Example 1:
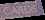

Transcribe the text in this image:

CARDS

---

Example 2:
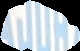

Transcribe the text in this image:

JUH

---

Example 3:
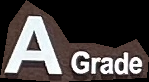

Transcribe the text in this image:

AGrade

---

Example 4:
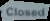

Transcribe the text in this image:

Closed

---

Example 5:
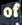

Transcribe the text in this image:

of